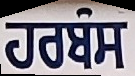
ਹਰਬੰਸ